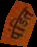
पंडित